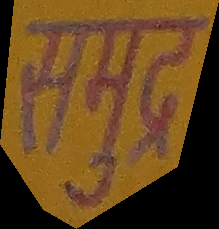
समुद्र